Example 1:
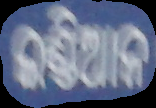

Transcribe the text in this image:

ଇଣ୍ଡିଆନ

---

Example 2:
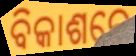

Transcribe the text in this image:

ବିକାଶନେ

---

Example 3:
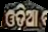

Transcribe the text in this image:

ଓଡ଼ିଥା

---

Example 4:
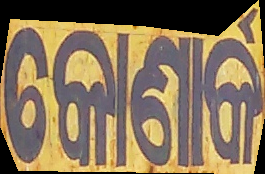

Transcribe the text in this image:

କୋଣାର୍କ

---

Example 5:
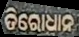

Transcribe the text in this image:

ତିରୋଧାନ